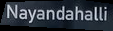
Nayandahalli